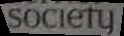
society